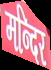
मन्दिर